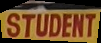
STUDENT